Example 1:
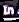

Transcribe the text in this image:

In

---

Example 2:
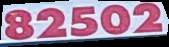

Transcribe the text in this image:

82502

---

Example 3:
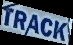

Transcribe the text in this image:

TRACK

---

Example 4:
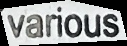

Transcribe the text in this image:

various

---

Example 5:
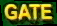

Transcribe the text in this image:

GATE